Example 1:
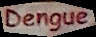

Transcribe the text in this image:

Dengue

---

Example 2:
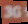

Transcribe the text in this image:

3G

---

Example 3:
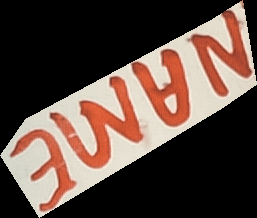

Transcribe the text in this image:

NAME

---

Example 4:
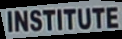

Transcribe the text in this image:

INSTITUTE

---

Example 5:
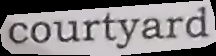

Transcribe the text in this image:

courtyard